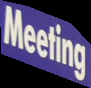
Meeting